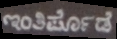
ಇಂತಿರ್ಪೊಡ